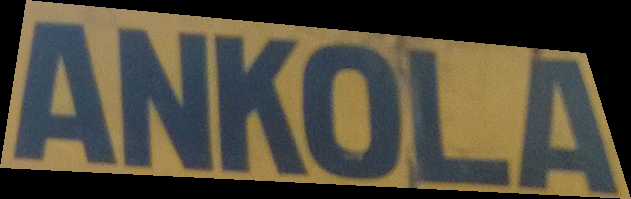
ANKOLA